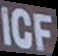
ICF